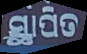
ସ୍ଥାପିତ